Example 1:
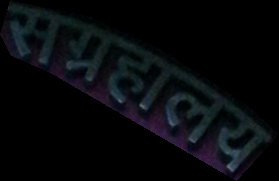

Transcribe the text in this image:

सग्रहालय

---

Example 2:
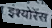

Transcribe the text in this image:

इंश्योरेंस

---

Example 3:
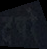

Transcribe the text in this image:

दपरे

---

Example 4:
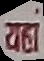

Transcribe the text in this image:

यहां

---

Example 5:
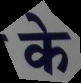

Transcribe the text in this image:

के